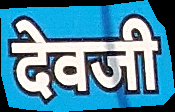
देवजी